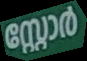
സ്റ്റോർ